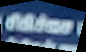
சிகிச்சை